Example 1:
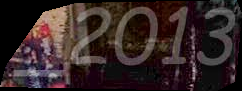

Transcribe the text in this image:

_2013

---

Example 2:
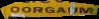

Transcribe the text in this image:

OORGAUM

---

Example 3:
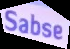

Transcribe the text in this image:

Sabse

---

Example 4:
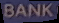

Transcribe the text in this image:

BANK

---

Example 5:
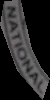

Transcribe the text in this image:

NATIONAL